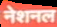
नेशनल